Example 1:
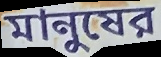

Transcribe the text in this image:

মানুষের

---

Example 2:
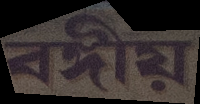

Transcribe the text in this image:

বঙ্গীয়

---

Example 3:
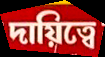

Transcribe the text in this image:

দায়িত্বে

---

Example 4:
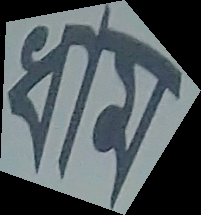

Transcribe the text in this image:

ধাম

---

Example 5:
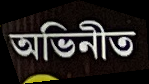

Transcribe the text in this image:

অভিনীত